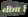
बीमा